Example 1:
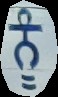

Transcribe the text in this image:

ਨੂੰ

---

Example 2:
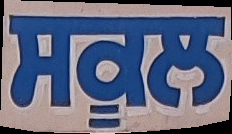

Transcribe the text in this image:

ਸਕੂੂਲ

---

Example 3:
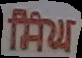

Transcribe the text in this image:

ਸਿੰਘ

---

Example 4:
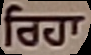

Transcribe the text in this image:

ਰਿਹਾ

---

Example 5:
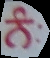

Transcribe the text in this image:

ਨੰ: